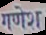
गणेश